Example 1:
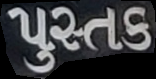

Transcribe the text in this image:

૫ુસ્તક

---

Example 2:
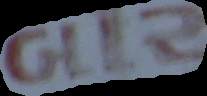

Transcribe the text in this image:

લાર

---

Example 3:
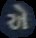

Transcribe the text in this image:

એ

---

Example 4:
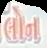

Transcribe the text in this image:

લોન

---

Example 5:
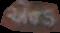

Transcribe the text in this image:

ઍન્ડ